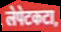
लेपेटकटा